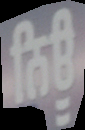
ਨਿਊ